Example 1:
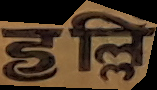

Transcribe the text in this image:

हल्लि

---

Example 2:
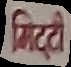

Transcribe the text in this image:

मिट्टी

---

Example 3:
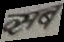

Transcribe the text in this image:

सब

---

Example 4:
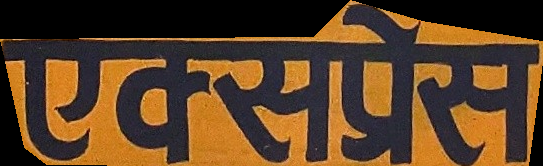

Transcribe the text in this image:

एक्सप्रेस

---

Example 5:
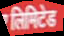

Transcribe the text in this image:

लिमिटेड